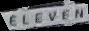
ELEVEN